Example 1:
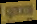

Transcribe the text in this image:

മുന്നു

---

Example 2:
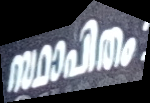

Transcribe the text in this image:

സ്ഥാപിതം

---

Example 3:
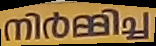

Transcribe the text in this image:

നിർമ്മിച്ച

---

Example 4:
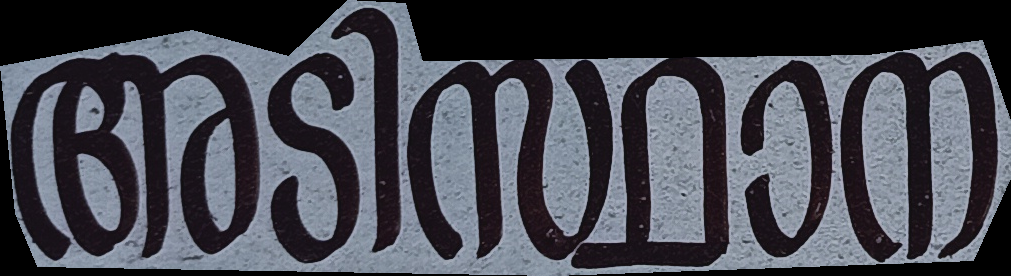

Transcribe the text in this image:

അടിസ്ഥാന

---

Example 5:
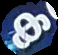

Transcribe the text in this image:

ക